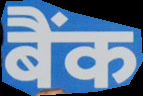
बैंक